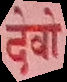
देवो